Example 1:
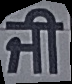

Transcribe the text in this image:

ਜੀ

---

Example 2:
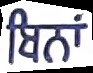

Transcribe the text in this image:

ਬਿਨਾਂ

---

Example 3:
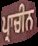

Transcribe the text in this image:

ਪ੍ਰਾਈਨ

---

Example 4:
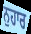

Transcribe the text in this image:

ਨੁਹਾਰ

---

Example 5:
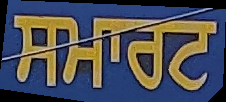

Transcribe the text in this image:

ਸਮਾਰਟ